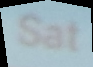
Sat